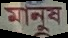
মানুষ